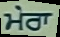
ਮੇਰਾ